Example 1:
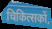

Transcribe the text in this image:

चिकित्सकों,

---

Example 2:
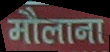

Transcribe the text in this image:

मौलाना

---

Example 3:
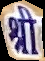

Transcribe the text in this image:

श्री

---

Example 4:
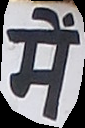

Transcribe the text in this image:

में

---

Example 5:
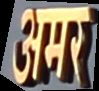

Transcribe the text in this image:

अमर